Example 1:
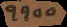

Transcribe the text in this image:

੧੧੦੦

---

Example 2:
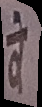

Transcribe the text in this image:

ਕੇ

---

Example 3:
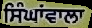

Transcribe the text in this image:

ਸਿੰਘਾਂਵਾਲਾ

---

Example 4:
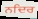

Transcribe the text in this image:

ਨਦਿਰ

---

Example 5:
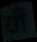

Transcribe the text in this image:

ਹੀ